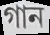
গান